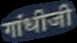
गांधीजी